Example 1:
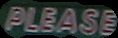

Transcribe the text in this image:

PLEASE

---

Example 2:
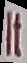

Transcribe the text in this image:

It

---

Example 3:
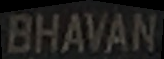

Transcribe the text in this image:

BHAVAN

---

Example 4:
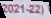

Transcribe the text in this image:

2021-22)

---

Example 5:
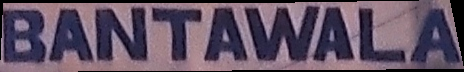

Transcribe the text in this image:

BANTAWALA